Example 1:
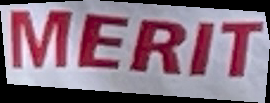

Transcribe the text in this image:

MERIT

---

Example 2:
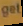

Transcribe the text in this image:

get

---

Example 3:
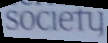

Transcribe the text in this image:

society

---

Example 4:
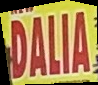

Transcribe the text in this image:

DALIA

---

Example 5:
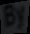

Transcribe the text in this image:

By